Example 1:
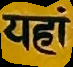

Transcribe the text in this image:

यहां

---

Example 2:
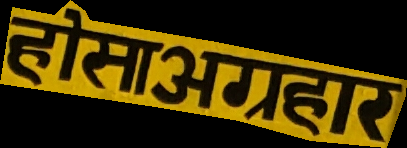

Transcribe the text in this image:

होसाअग्रहार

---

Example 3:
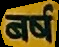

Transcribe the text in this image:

बर्ष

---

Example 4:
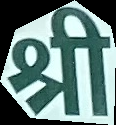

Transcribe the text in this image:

श्री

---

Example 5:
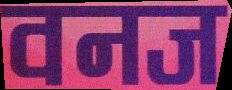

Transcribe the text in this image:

वनज